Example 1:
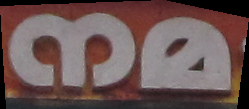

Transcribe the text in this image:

നമ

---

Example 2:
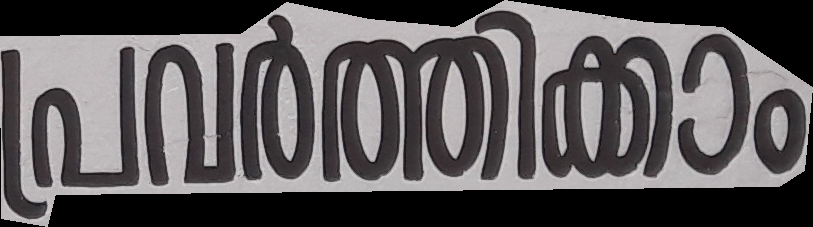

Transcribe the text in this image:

പ്രവർത്തിക്കാം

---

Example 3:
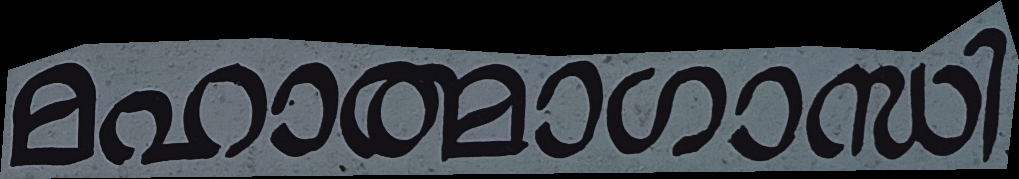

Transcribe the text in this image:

മഹാത്മാഗാന്ധി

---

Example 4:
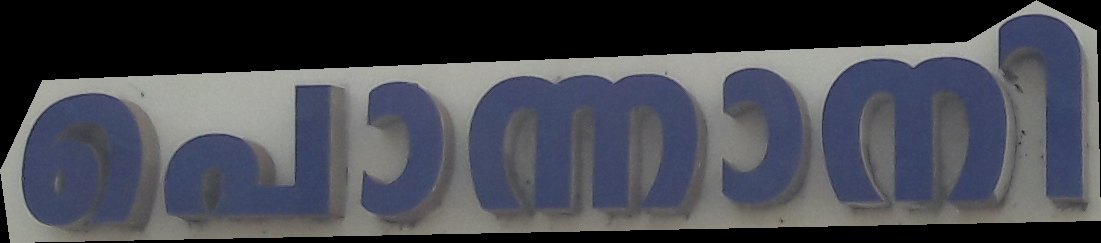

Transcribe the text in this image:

പൊന്നാനി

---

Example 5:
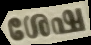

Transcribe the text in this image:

ശേഷ